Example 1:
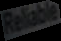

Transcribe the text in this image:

Reliable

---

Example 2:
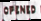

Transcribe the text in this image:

OPENED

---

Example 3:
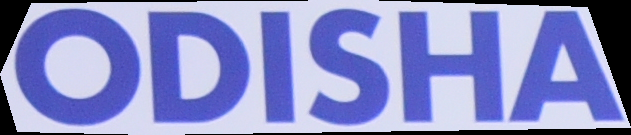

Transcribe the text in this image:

ODISHA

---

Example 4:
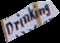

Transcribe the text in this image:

Drinking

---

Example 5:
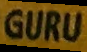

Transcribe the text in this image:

GURU